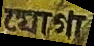
যোগা